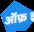
ऑफ़